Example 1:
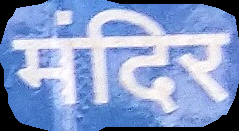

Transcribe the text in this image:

मंदिर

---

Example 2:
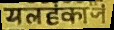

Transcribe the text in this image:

यलहंका जं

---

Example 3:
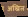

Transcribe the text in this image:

अखिल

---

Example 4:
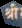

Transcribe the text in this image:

श्री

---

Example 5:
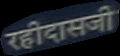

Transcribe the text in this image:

रहीदासजी